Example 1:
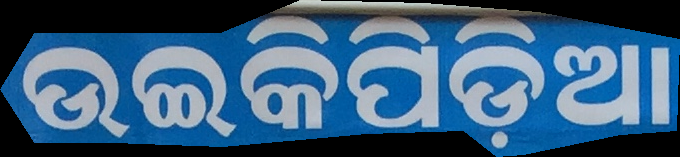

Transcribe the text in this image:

ଉଇକିପିଡ଼ିଆ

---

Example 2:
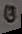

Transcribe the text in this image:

ଓ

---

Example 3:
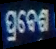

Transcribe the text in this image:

ପ୍ରବେଶ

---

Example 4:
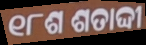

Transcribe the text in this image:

୧୮ଶ ଶତାଦ୍ଦୀ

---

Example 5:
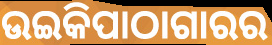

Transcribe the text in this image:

ଉଇକିପାଠାଗାରର